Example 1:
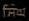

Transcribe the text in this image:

ਸਿੰਘ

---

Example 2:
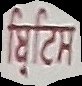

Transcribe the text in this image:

ਬ੍ਰਿਟਿਸ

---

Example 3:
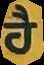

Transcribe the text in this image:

ਹੈ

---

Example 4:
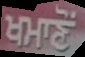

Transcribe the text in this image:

ਖਮਾਣੋਂ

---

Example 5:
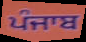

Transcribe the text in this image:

ਪੰਜਾਬ